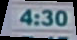
4:30